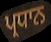
ਪ੍ਰਧਾਨ